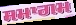
ਸਮਾਗਸ